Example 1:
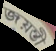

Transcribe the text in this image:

জয়ন্তী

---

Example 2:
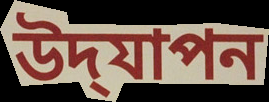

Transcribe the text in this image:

উদ্যাপন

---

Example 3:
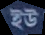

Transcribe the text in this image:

ইউ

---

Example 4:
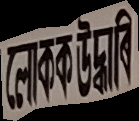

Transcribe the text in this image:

লোকক উদ্ধাৰি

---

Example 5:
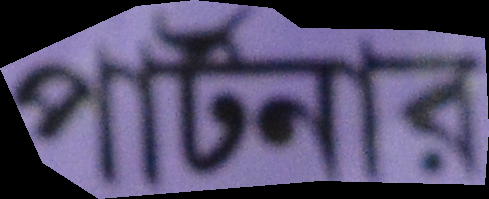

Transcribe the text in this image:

পার্টনার